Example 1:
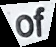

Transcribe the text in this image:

of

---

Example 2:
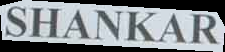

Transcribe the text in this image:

SHANKAR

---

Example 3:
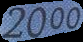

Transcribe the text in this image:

2000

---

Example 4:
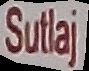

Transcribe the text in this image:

Sutlaj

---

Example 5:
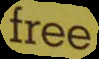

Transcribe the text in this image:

free